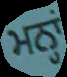
ਮਨ੍ਹਾਂ